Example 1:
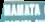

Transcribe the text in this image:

MAMATA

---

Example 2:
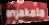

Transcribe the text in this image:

injakala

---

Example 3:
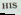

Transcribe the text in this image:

HIS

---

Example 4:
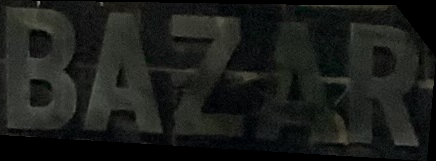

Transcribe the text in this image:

BAZ-AR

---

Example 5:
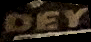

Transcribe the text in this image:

DEY